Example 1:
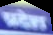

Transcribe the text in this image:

प्रदेश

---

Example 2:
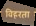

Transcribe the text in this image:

विहरता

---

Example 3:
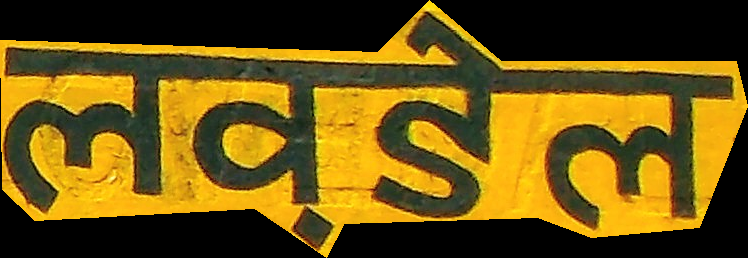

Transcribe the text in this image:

लव़डेल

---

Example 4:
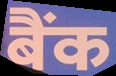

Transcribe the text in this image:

बैंक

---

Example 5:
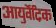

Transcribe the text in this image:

आयुर्वॆदिक